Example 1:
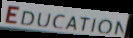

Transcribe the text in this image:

EDUCATION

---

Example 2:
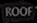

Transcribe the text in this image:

ROOF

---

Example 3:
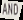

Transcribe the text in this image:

AND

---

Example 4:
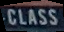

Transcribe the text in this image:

CLASS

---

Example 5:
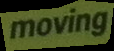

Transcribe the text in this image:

moving